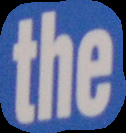
the